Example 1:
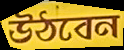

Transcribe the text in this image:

উঠবেন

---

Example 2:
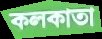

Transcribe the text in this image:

কলকাতা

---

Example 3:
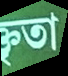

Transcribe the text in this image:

ক্তৃতা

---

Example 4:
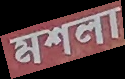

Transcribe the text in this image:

মশলা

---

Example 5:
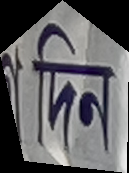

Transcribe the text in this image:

দিন